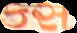
કસ